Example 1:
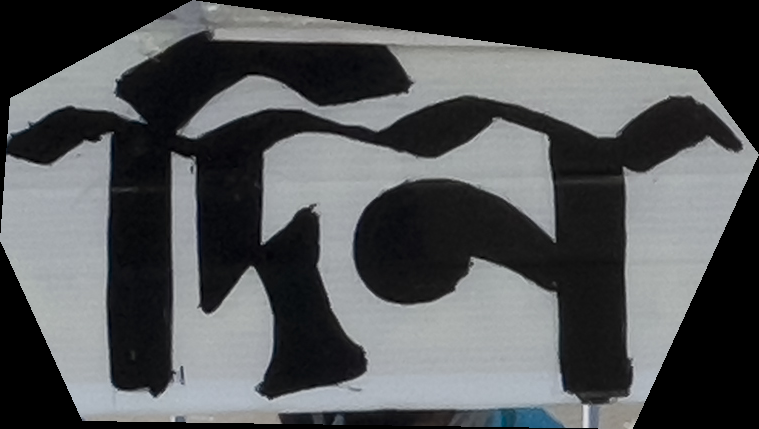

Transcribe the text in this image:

দিন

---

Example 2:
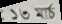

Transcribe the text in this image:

১৩মার্চ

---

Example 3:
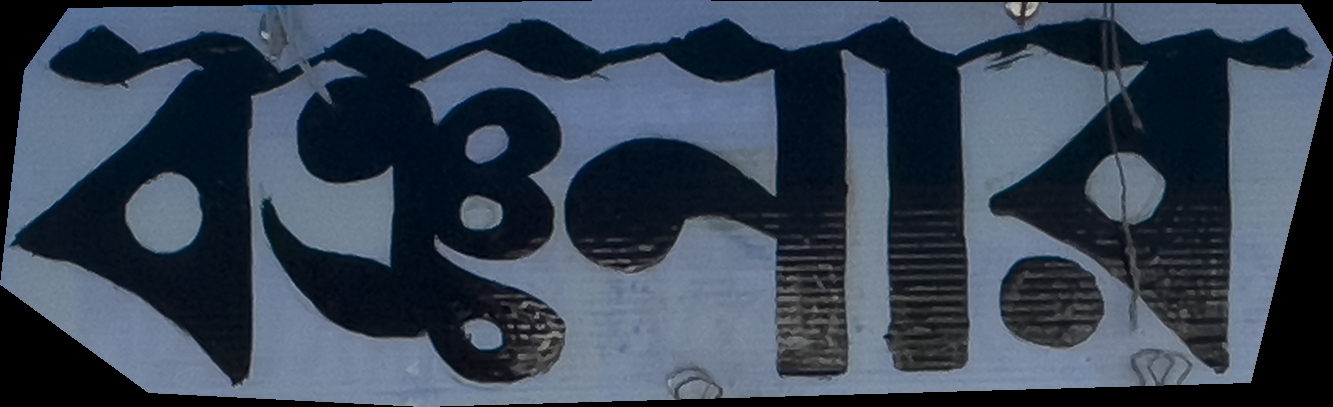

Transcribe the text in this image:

বঞ্ঝনার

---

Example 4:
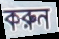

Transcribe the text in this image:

করুন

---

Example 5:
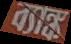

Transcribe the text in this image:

ব্যাঙ্ক